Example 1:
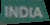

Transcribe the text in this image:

INDIA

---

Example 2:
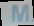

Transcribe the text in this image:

M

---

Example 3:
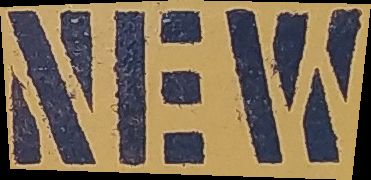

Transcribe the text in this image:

NEW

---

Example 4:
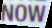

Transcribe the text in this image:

NOW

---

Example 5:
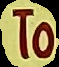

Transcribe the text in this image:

To